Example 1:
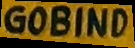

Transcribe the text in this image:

GOBIND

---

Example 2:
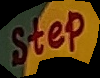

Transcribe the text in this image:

Step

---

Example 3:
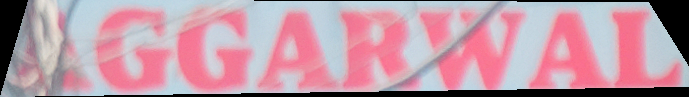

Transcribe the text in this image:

AGGARWAL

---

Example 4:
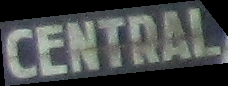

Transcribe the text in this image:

CENTRAL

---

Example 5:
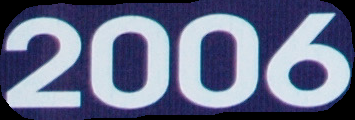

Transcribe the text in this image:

2006